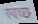
स्वच्छ